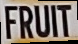
FRUIT